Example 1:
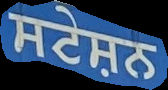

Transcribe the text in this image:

ਸਟੇਸ਼ਨ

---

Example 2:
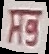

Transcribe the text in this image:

ਸਭ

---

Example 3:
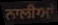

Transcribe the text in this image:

ਨਾਲੀਆਂ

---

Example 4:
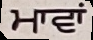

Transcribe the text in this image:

ਮਾਵਾਂ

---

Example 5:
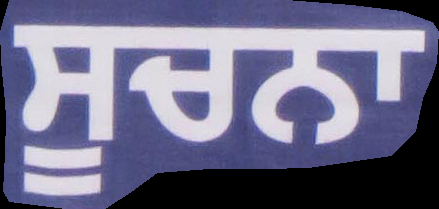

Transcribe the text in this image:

ਸੂਚਨਾ